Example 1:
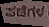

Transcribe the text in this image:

ಪಡೆಗಳ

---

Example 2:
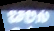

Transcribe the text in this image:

ಚಲಿಸಿ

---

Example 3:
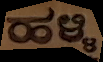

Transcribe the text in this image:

ಹಳ್ಳ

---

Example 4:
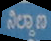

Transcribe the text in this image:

ನಿಲ್ಲಾಣ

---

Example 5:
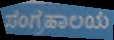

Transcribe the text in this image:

ಸಂಗ್ರಹಾಲಯ